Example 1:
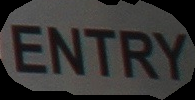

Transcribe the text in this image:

ENTRY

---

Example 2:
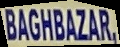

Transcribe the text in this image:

BAGHBAZAR,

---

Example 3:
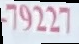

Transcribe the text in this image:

79227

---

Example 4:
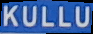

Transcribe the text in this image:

KULLU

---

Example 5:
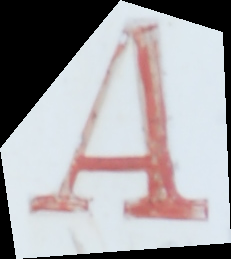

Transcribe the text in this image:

A